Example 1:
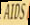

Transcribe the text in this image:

AIDS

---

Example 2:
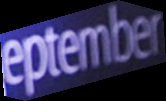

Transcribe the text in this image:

eptember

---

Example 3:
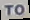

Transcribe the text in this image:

TO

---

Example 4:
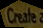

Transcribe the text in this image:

Create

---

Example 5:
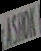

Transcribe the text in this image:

ASHOK